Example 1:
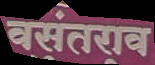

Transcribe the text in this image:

वसंतराव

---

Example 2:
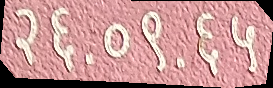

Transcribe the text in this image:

२६.०९.६५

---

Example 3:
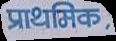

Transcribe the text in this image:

प्राथमिक,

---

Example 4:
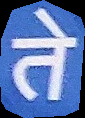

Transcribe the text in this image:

ते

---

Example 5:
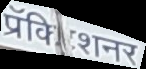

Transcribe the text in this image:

प्रॅकिएशनर